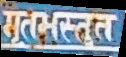
मृतभस्तुत